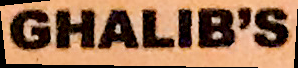
GHALIB